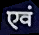
एवं